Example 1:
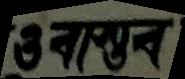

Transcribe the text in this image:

ও বাস্তব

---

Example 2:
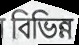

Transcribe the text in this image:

বিভিন্ন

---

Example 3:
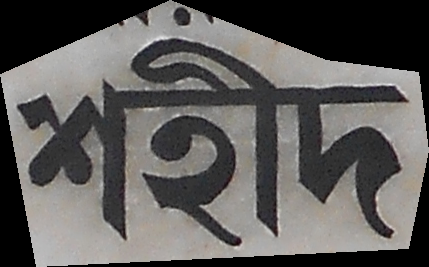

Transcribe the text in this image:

শহীদ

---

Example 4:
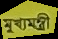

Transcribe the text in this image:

মুখ্যমন্ত্রী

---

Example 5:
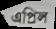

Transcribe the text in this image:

এপ্রিল